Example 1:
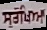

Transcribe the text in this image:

ਸਰੱਖਿਾਅ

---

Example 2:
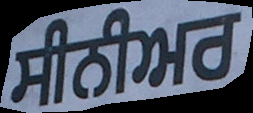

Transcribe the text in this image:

ਸੀਨੀਅਰ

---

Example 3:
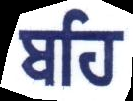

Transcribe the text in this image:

ਬਹਿ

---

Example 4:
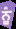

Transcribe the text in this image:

ਨੂੰ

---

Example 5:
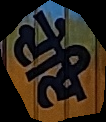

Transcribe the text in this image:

ਦੇਇ